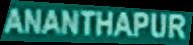
ANANTHAPUR